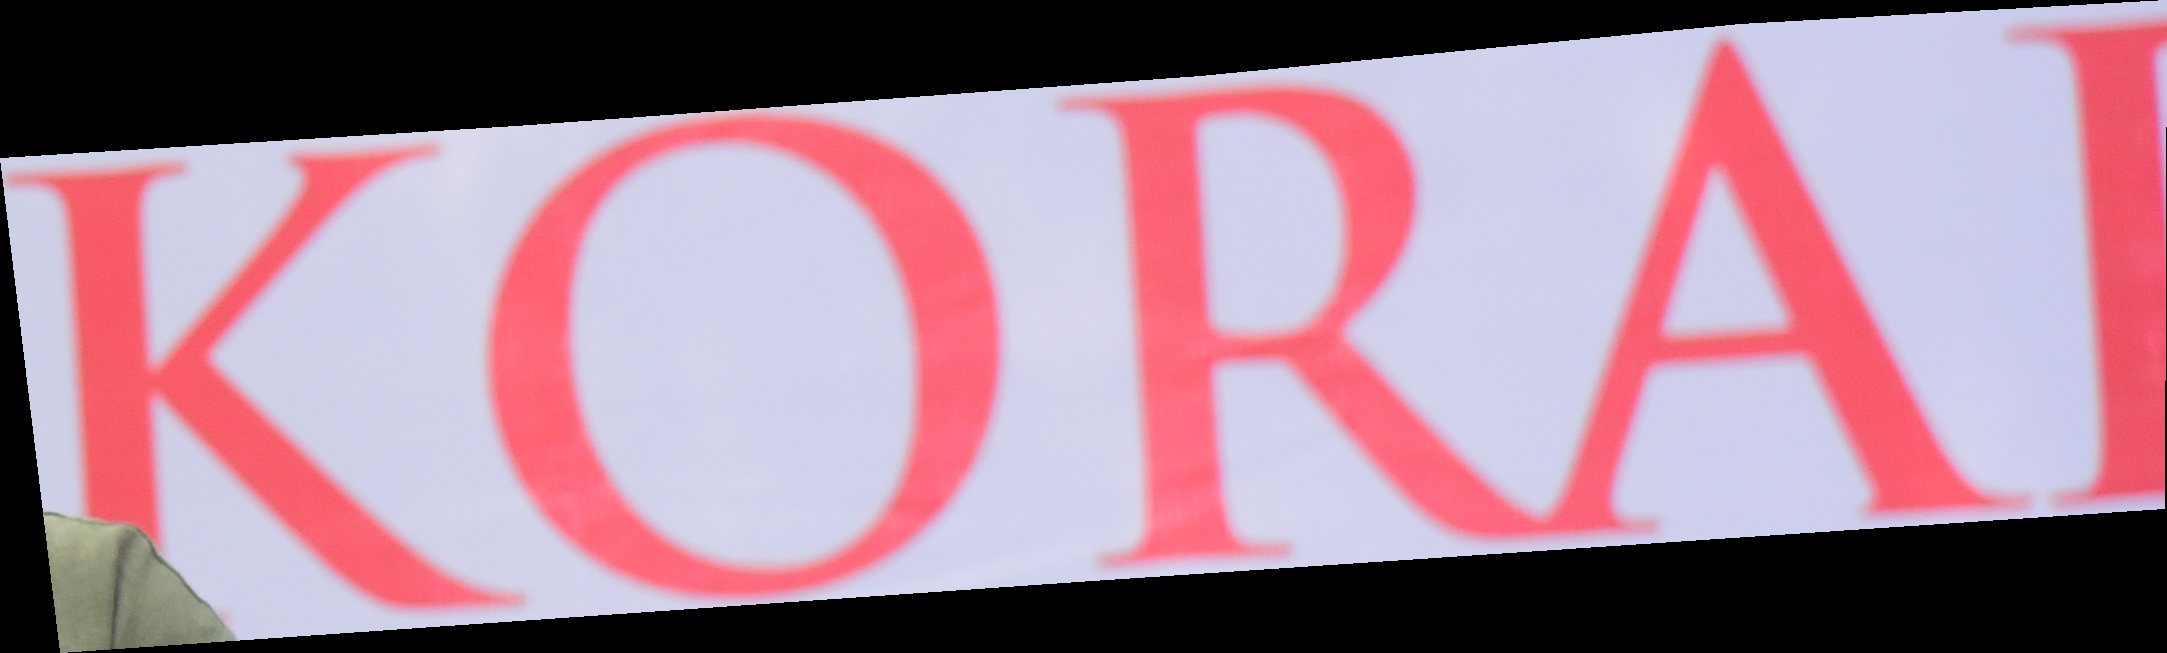
KORAI